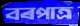
বৰপাত্ৰ